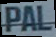
PAL